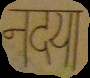
नदया